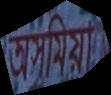
অসমিয়া